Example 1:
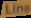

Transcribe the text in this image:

Line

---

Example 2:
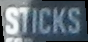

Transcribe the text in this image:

STICKS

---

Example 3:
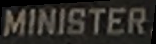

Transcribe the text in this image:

MINISTER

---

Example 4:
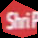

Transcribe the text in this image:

Shri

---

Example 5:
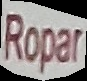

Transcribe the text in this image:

Ropar